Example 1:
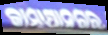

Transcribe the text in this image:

କାରାଆସରର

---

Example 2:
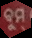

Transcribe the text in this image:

ବୁମ୍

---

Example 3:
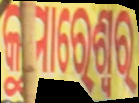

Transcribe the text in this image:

କୁମାରେଶ୍ବର୍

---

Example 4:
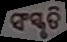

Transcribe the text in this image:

ସଂସ୍କୃତି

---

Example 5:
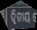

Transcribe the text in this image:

ଦ୍ଵିତୀୟ